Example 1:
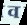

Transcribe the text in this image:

व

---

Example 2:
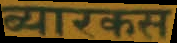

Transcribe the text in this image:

ब्यारकस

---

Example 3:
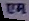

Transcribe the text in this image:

एम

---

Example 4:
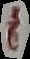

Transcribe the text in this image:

है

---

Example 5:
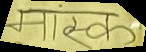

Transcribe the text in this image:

मांस्क